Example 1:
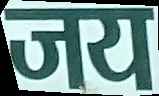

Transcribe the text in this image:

जय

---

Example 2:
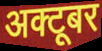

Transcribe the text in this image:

अक्टूबर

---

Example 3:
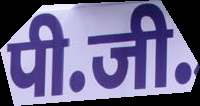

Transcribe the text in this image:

पी॰जी॰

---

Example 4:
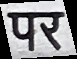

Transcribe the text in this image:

पर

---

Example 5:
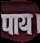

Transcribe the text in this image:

पाय।